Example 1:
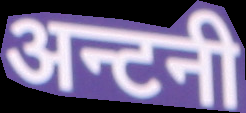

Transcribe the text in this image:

अन्टनी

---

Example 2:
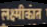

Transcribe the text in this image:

लक्ष्मीकांत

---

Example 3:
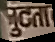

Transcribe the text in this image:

जुटता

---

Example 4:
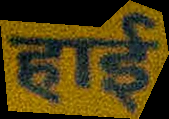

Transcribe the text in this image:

हाई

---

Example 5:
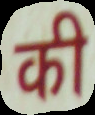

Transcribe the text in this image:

की